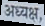
अध्यक्ष,